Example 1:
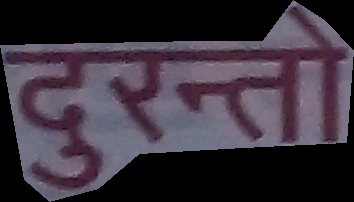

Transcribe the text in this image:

दुरन्तो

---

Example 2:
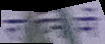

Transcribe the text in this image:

रखने में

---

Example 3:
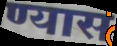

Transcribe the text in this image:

ण्यास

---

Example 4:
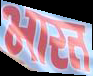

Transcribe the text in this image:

भारत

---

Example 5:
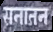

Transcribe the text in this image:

सनातन